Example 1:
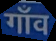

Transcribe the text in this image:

गाँव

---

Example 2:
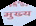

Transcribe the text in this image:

मुख्य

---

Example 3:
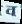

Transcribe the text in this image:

व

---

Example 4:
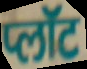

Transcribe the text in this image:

प्लॉट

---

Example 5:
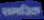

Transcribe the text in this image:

सामाजिक